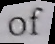
of